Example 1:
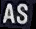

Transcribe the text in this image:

AS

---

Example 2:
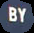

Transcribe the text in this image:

BY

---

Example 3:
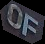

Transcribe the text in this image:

OF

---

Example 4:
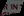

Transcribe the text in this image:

IN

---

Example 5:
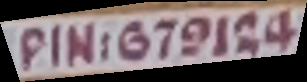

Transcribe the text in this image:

PIN:679124